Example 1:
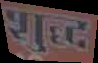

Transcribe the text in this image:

शुद्ध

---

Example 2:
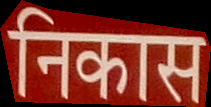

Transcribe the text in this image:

निकास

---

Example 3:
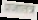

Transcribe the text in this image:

प्रजातत्र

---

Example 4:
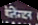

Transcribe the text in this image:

वेलिंगटन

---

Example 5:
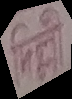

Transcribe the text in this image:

मिल्ली